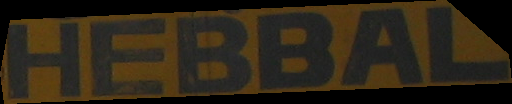
HEBBAL